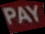
PAY